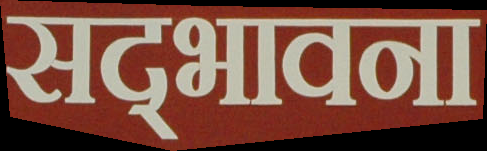
सद्भावना